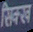
सिक्ख